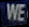
WE